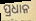
ପ୍ରଧାନ